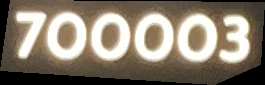
700003